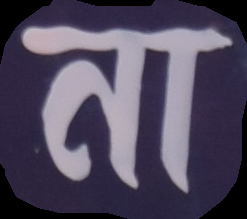
না